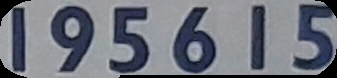
195615